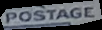
POSTAGE